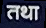
तथा